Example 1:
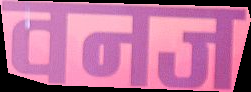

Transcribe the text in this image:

वनज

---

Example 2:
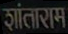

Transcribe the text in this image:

शांताराम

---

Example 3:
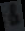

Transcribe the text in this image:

है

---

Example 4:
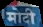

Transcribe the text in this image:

मोदी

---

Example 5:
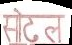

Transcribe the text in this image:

सोढल